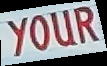
YOUR